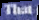
That